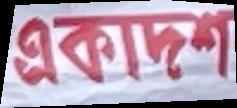
একাদশ